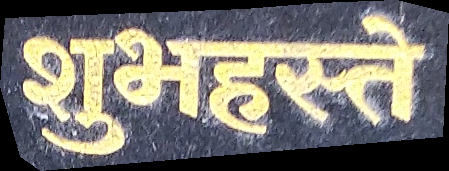
शुभहस्ते